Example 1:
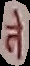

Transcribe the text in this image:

ने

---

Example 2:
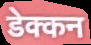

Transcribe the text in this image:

डेक्कन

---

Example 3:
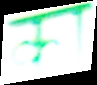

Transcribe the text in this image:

का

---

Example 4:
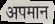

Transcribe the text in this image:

अपमान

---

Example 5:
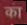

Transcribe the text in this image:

का